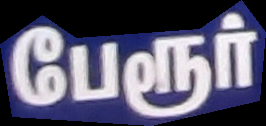
பேரூா்